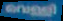
വെള്ളി